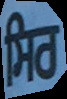
ਸਿਰ